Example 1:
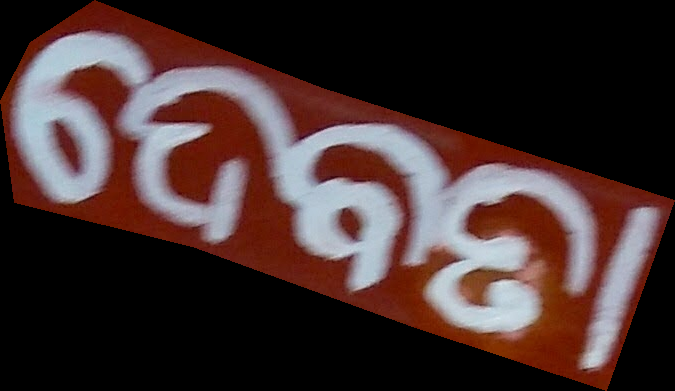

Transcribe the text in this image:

ଦେବତା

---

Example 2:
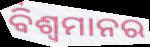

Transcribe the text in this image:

ବିଶ୍ୱମାନର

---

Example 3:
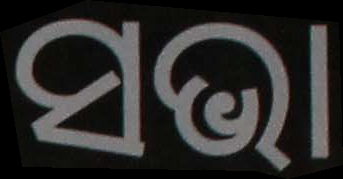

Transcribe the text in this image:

ସଭା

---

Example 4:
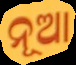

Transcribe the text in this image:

ନୂଆ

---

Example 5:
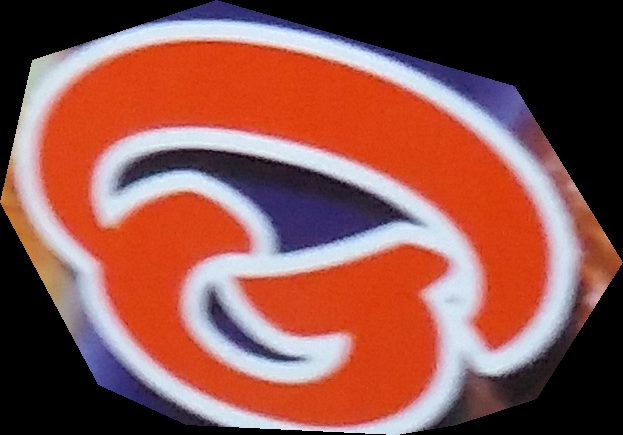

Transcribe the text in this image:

ଡ